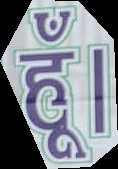
हूँ।